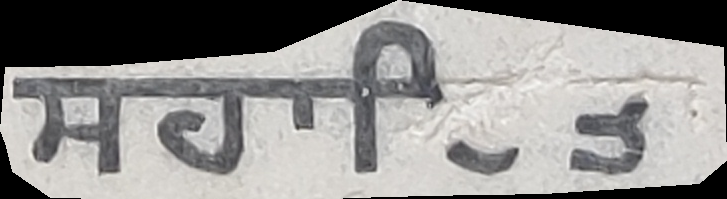
ਸਹਾਤ